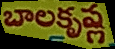
బాలకృష్ణ